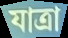
যাত্রা